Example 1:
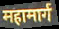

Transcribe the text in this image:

महामार्ग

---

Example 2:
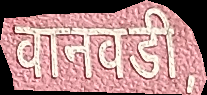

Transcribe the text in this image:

वानवडी,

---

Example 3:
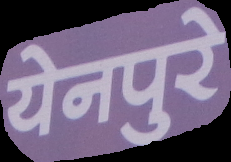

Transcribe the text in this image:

येनपुरे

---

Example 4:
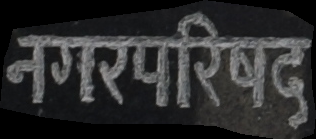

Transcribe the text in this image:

नगरपरिषद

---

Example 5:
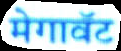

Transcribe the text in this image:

मेगावॅट